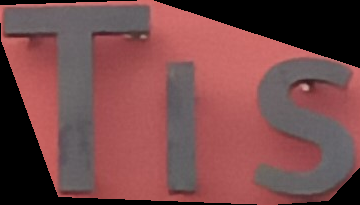
TIS